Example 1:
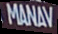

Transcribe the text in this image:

MANAV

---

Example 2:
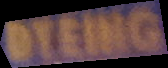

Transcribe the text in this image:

DYEING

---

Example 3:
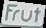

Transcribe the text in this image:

Frut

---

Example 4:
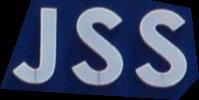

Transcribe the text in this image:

JSS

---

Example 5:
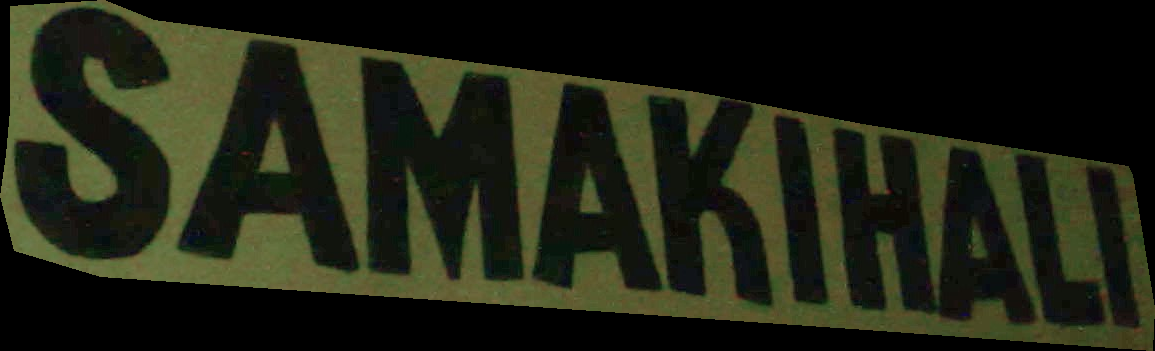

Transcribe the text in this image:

SAMAKIHALI